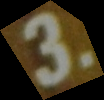
3.